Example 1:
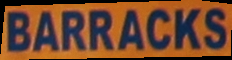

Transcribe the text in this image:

BARRACKS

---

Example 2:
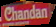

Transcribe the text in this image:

Chandan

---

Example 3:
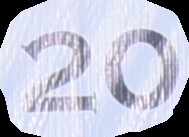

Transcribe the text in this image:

20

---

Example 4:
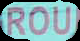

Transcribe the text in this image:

ROU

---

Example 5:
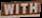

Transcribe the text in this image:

WITH